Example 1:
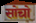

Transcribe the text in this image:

सोचो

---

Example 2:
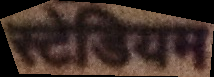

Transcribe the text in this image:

स्टेडियम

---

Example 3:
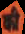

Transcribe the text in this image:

की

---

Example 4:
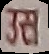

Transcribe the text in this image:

उस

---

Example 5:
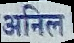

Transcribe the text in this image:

अनिल